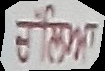
ਤਂਲਿਆ